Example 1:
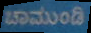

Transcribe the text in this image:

ಚಾಮುಂಡಿ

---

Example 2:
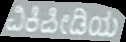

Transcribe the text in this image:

ವಿಕಿಪೀಡಿಯ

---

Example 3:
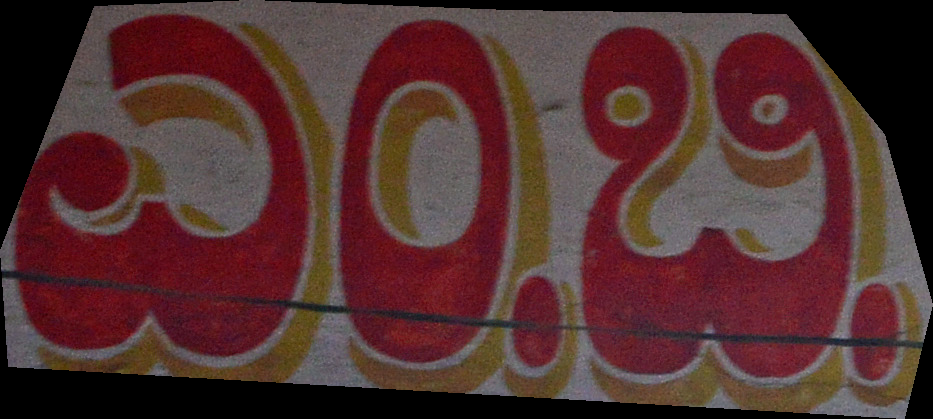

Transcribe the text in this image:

ಎಂ.ಬಿ.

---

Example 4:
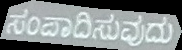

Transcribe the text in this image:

ಸಂಪಾದಿಸುವುದು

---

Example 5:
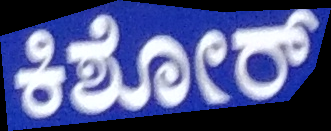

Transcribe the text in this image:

ಕಿಶೋರ್